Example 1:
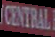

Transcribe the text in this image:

CENTRAL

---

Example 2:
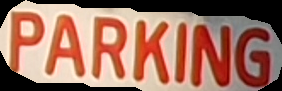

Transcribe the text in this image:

PARKING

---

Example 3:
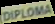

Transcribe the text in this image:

DIPLOMA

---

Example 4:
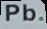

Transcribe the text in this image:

Pb.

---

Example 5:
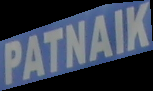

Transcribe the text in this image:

PATNAIK